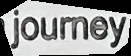
journey